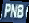
PNB